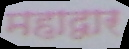
महाद्वार